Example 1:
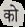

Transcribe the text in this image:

क‍ो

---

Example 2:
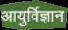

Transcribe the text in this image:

आयुर्विज्ञान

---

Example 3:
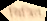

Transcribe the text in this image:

चित्रित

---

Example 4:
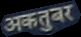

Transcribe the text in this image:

अकतुबर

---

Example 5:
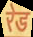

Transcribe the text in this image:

रेड